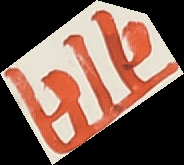
नाम